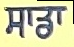
ਸਾਡਾ